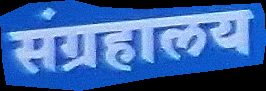
संग्रहालय